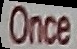
Once